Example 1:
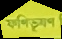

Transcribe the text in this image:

ফণিভূষণ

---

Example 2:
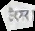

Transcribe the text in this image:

উৎসব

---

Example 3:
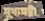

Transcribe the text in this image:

মুখ্যমন্ত্রী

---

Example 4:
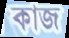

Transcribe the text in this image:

কাজ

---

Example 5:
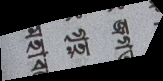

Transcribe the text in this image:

হুং জগতাং জাং গৃহ প্র জা মহাবশে